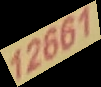
12661